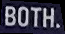
BOTH.